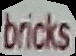
bricks